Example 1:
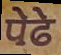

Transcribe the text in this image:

पेढे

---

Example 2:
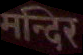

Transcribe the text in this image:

मन्दिर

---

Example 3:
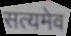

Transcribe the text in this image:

सत्यमेव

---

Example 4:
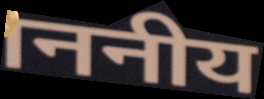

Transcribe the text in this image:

माननीय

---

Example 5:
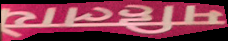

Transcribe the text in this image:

महिलाये